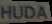
HUDA